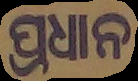
ପ୍ରଧାନ